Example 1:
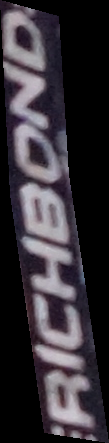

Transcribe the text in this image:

RICHBOND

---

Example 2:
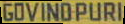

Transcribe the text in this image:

GOVINDPURI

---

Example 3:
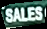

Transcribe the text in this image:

SALES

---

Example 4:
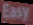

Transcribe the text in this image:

Easy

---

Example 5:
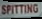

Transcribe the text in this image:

SPITTING